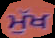
ਮੁੱਖ